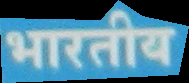
भारतीय